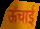
ऊँचाई